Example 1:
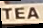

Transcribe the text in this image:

TEA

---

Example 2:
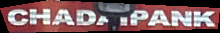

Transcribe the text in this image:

CHADAIPANK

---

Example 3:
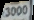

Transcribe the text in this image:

3000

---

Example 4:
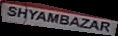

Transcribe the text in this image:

SHYAMBAZAR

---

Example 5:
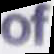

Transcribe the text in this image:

of